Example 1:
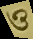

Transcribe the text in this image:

ও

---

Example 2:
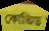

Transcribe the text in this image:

কোভিড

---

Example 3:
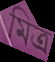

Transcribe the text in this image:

মিত্র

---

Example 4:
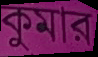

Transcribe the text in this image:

কুমার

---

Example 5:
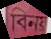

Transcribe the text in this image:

বিনয়